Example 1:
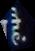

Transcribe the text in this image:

है.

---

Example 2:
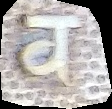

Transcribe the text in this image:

व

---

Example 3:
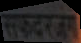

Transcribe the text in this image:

सफदरजंग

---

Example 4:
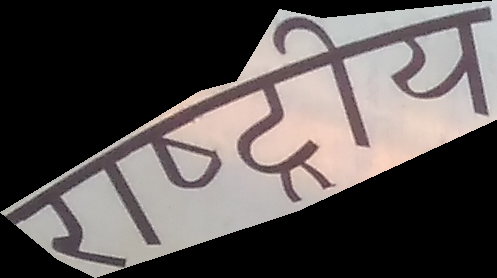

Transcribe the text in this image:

राष्ट्रीय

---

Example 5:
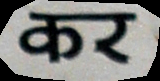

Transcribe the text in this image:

कर